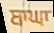
ਬਾਘਾ